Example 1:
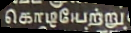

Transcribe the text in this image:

கொடியேற்று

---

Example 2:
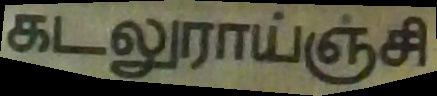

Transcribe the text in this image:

கடலுராய்ஞ்சி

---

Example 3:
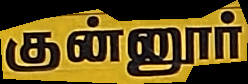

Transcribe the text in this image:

குன்னூா்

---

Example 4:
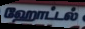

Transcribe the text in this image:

ஹோட்டல்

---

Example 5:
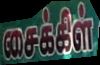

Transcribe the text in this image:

சைக்கிள்